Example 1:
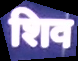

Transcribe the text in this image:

शिव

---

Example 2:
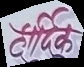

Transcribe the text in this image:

हार्दिक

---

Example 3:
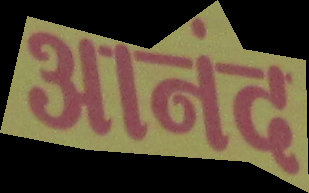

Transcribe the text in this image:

आनंद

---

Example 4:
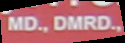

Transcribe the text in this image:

110ः011801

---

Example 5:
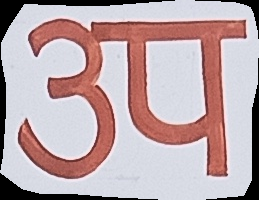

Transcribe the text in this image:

उप